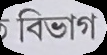
বিভাগ